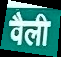
वैली